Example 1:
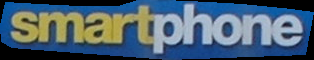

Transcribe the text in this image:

smartphone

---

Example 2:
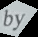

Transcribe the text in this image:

by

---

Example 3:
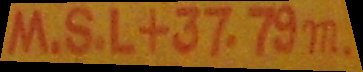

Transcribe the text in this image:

M.S.L+37.79m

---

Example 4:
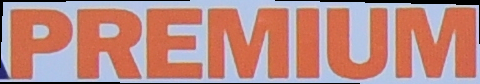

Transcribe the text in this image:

PREMIUM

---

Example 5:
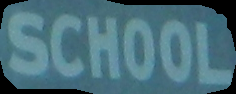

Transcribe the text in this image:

SCHOOL